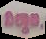
ನಿಲ್ದಾಣ,